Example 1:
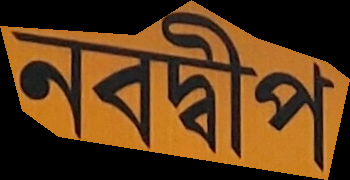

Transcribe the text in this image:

নবদ্বীপ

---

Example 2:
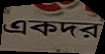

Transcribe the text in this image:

একদর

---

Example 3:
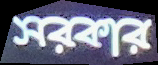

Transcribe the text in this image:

সরকার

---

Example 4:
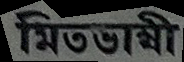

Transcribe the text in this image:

মিতভাষী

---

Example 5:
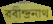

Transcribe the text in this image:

রবীন্দ্রনাথ